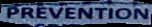
PREVENTION